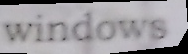
windows